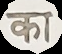
का